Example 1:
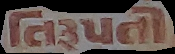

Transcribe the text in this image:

તિ३પતી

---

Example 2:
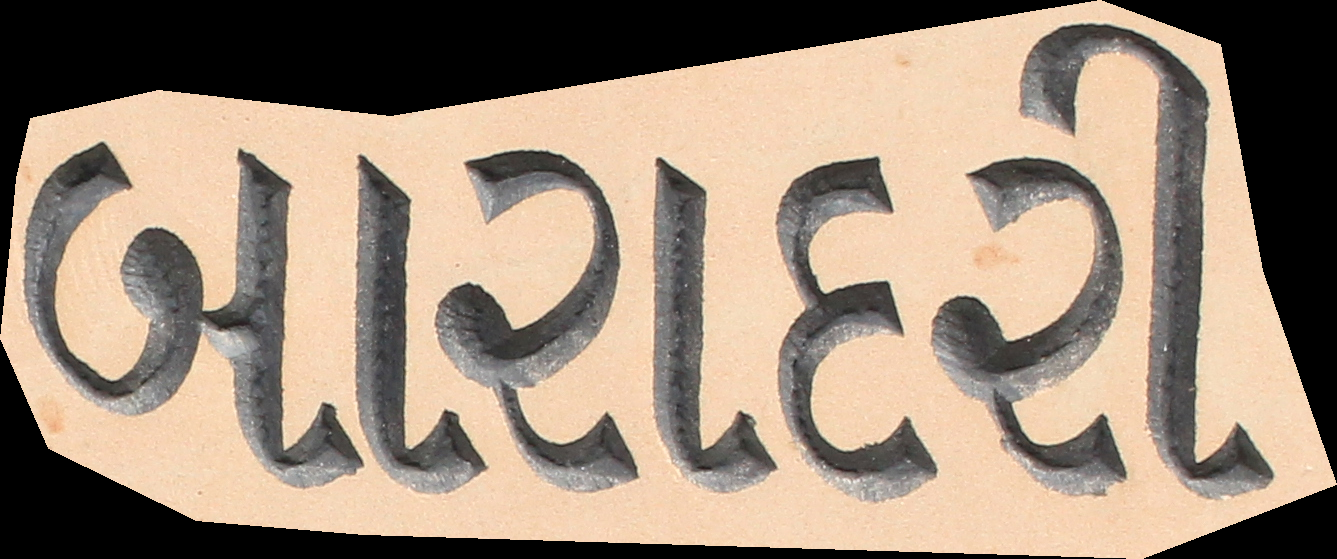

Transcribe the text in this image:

બારાદરી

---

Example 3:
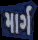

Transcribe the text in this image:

માર્ગ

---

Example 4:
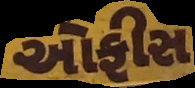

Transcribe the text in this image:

ઓફીસ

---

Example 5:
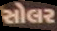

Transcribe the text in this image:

સોલર